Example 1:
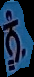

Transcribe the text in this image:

ਨੂੰ.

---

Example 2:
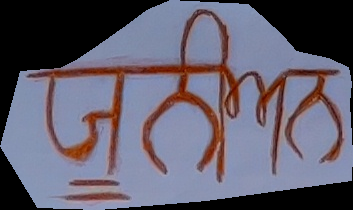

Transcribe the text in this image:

ਯੂਨੀਅਨ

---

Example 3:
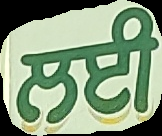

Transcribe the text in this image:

ਲਈ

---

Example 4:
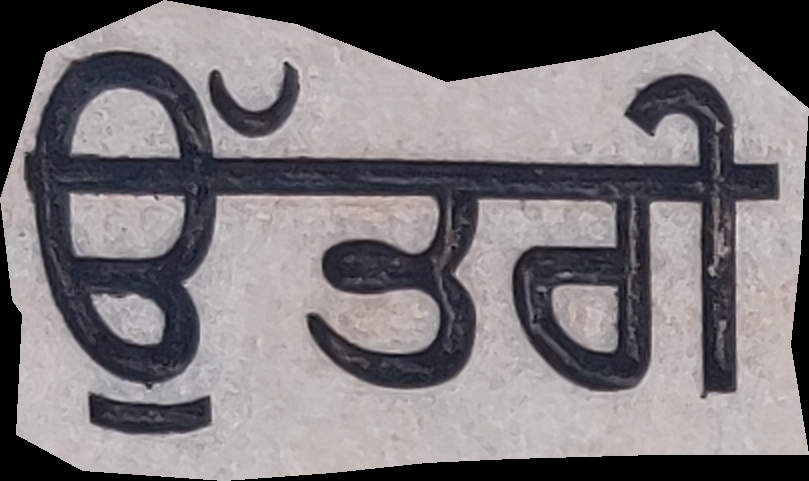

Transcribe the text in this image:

ਉੱਤਰੀ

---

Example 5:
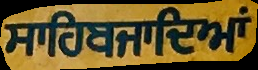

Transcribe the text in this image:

ਸਾਹਿਖਜਦਿਆਂ